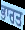
ਭਾਰਤ